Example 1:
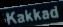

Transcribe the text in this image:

Kakkad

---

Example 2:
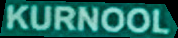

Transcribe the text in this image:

KURNOOL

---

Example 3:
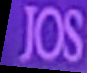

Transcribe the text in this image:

JOS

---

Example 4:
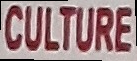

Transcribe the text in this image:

CULTURE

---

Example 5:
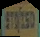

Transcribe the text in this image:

STDISD